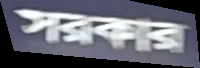
সরকার